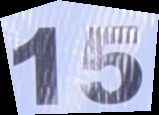
15